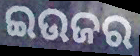
ଇଉଜର